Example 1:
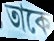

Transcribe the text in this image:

তাকে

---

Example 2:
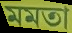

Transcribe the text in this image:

মমতা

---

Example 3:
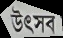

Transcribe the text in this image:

উৎসব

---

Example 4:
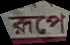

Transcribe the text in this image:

রূপে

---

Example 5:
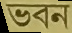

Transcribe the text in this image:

ভবন